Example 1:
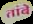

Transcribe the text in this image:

तांबे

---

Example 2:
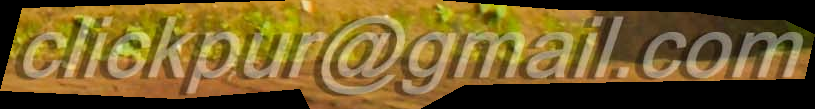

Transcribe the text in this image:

असंकारणीऐवजीकरण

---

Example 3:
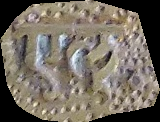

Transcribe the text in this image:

एल.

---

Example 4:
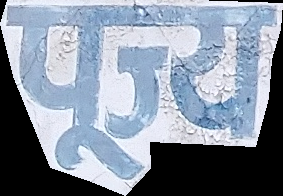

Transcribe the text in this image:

पूज्य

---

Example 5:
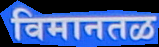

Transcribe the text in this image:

विमानतळ